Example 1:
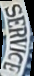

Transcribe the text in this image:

SERVICE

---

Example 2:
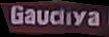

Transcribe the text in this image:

Gaudiya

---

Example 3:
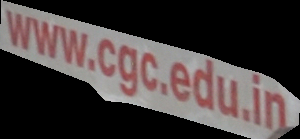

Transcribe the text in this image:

www.cgc.edu.in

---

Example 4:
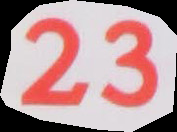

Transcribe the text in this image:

23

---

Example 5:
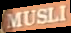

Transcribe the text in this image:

MUSLI